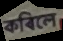
কৰিলে